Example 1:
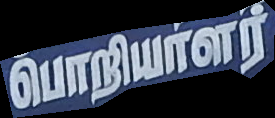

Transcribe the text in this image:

பொறியரளர்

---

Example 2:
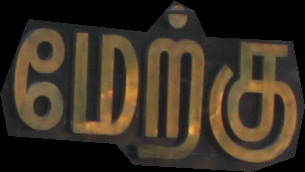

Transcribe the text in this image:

மேற்கு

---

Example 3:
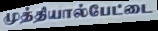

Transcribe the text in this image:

முத்தியால்பேட்டை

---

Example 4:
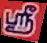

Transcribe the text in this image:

ஸ்ரீ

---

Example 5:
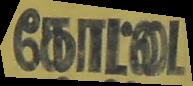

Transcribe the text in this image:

கோட்டை